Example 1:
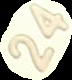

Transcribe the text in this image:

24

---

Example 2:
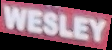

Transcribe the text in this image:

WESLEY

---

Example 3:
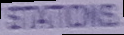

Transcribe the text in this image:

STATIONS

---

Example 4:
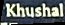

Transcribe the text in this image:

Khushal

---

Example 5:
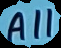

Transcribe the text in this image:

All